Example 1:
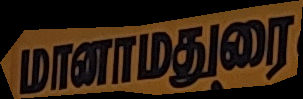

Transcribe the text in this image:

மானாமதுரை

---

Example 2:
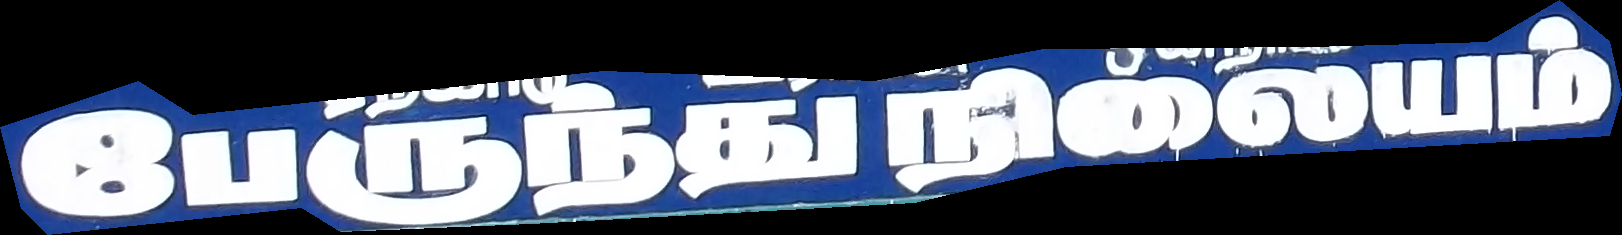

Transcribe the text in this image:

பேருந்து நிலையம்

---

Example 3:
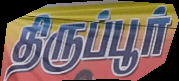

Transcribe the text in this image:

தஞப்பூா்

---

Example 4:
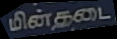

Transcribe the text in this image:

மின்தடை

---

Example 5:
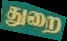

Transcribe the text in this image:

துறை